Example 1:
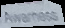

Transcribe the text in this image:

Awarness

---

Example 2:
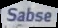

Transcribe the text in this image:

Sabse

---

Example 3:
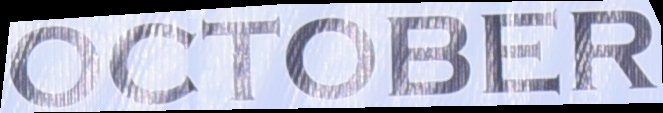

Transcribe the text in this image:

OCTOBER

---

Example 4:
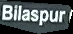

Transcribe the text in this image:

Bilaspur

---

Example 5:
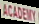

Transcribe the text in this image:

ACADEMY